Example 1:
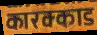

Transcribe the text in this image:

कारक्काड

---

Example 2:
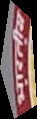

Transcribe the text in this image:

भारतीय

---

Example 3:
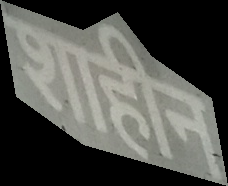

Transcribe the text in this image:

शाहीन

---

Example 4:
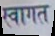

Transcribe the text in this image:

स्वागत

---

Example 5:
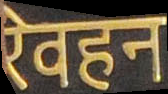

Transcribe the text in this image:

रेवहन